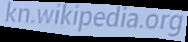
kn.wikipedia.org